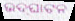
ଉଦ୍‌ଘାଟନ